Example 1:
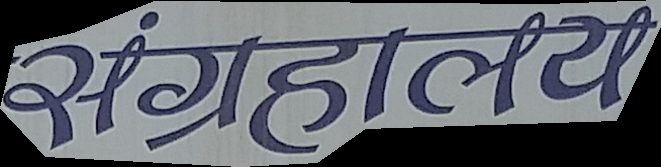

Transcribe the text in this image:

संग्रहालय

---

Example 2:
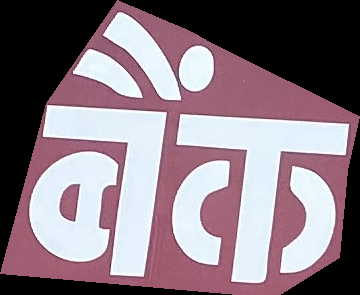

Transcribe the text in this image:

बैंक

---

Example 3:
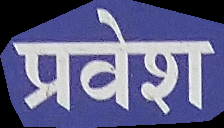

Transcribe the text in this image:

प्रवेश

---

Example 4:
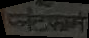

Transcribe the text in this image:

प्लेटफॉर्म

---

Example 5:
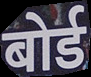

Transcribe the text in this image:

बोर्ड